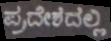
ಪ್ರದೇಶದಲ್ಲಿ